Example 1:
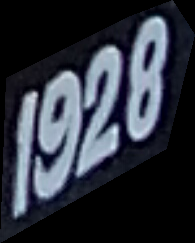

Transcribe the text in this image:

1928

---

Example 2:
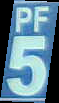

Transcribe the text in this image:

PF5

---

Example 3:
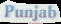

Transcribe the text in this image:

Punjab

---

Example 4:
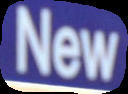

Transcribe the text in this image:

New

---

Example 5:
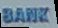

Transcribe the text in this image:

BANK